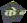
के